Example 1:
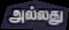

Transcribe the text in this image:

அல்லது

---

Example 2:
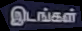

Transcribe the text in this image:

இடங்கள்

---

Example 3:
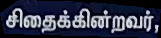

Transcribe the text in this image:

சிதைக்கின்றவர்,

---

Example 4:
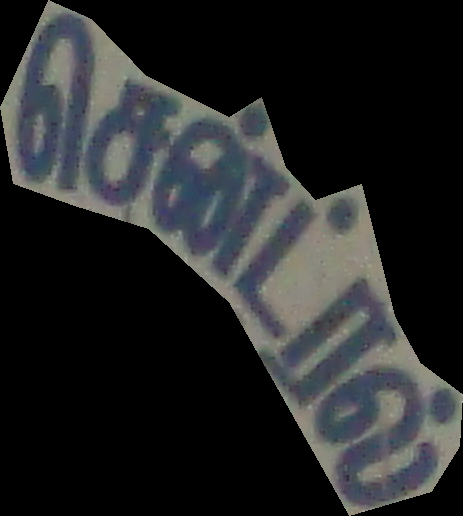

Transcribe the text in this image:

சென்ட்ரல்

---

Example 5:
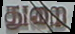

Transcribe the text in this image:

துறை